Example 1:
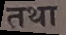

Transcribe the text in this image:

तथा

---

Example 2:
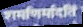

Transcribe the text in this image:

शर्माणर्मादतिं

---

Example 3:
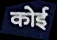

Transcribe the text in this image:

कोई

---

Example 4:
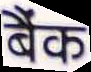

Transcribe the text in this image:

बैंक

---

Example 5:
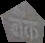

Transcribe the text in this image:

बैंक